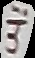
ਤੇਂ